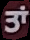
ਤਾਂ